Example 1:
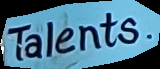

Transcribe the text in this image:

Talents.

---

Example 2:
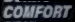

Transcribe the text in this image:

COMFORT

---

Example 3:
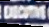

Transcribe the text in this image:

EXECUTIVE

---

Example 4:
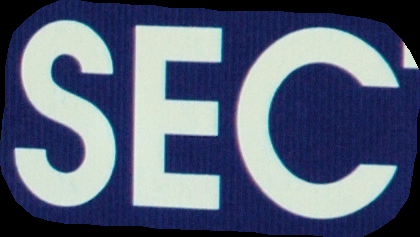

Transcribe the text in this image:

SEC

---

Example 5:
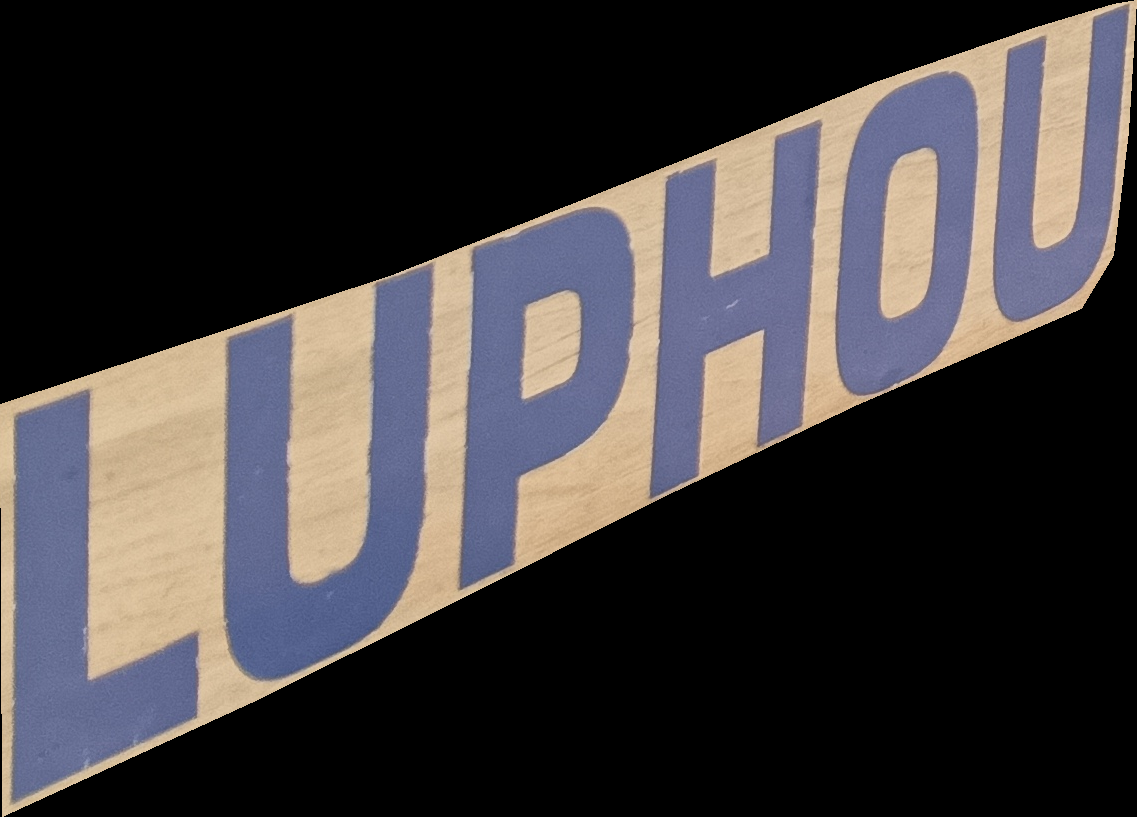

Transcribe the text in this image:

LUPHOU